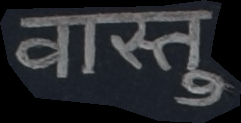
वास्तु